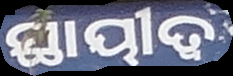
ସ୍ଥାୟୀହ